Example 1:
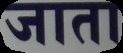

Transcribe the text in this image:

जाता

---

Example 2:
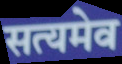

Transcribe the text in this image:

सत्यमेव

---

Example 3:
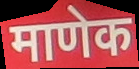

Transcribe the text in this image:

माणेक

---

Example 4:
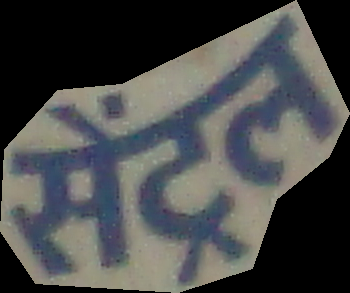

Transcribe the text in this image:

सेंट्रल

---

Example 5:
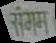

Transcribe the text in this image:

संगम